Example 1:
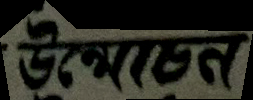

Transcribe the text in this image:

উন্মোচন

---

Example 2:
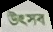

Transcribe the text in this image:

উৎসব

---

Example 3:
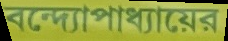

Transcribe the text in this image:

বন্দ্যোপাধ্যায়ের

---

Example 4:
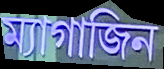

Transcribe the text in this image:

ম্যাগাজিন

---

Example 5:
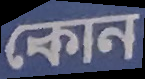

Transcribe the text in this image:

কোন